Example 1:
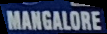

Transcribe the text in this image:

MANGALORE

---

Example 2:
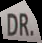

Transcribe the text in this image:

DR.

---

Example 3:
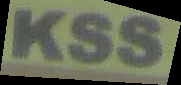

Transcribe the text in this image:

KSS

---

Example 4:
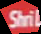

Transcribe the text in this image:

Shri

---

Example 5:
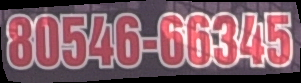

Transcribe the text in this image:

80546-66345